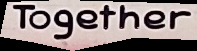
Together